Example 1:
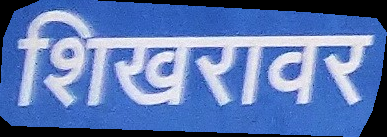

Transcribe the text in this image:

शिखरावर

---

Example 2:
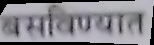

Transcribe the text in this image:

बसविण्यात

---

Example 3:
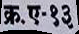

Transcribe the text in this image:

क्रःएः१३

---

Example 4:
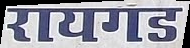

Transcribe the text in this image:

रायगड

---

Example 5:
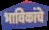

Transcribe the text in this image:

भाविकांचे